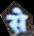
से